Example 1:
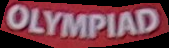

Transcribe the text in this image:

OLYMPIAD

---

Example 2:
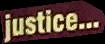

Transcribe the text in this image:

justice...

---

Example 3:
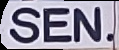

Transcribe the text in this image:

SEN.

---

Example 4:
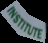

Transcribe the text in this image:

INSTITUTE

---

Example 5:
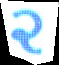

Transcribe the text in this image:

2